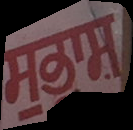
ਸੁਭਾਸ਼